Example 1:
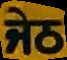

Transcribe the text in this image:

ਜੇਠ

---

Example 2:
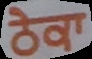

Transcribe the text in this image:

ਠੇਕਾ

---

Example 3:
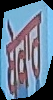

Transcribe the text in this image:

ਬੇਕਾਰ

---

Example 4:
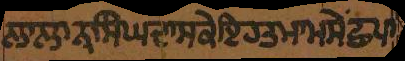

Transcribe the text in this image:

ਲਾਲਾਨ੍ਸਿੰਘਦਾਸਕੇਇਹਤਮਾਮਸੇਛਪਾ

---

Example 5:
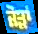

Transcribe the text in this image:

ਜੇੜਾਂ